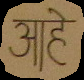
आहे